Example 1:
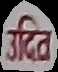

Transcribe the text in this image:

उदित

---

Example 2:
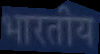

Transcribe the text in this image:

भारतीय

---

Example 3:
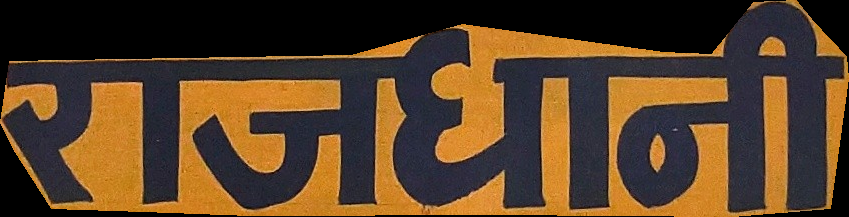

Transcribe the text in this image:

राजधानी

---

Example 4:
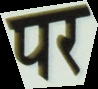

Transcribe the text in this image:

पर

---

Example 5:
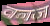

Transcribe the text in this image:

वनज